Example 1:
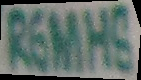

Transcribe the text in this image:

RGMHS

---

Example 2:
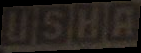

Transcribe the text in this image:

USHA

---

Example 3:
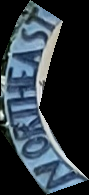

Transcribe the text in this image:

NORTHEAST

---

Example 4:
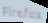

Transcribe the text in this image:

Firefox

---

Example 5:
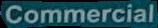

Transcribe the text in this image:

Commercial